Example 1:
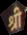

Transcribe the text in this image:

श्री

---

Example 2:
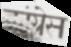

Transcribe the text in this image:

ग्रेस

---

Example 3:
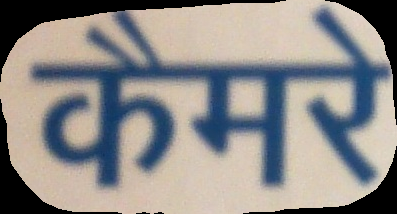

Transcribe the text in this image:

कैमरे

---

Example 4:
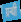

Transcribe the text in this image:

ग्रन्थी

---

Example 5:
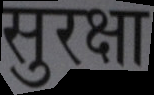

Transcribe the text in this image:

सुरक्षा